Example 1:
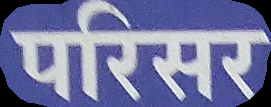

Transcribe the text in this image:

परिसर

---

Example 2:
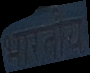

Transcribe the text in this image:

भारतीय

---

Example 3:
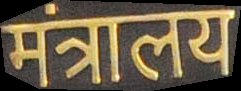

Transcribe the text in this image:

मंत्रालय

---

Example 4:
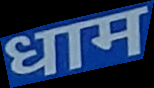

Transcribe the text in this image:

धाम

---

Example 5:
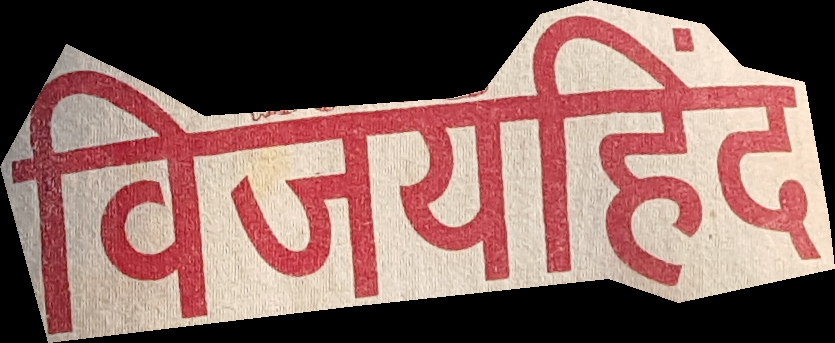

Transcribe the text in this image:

विजयहिंद